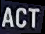
ACT